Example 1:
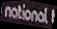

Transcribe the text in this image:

national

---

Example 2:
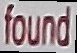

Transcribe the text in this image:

found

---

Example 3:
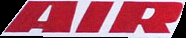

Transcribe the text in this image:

AIR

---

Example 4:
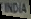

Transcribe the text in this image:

INDIA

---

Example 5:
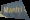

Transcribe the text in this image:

Mantri